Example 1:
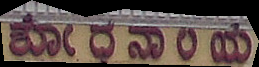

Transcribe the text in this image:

ಕೋಧನಾಂಯ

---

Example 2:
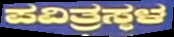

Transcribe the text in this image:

ಪವಿತ್ರಸ್ಠಳ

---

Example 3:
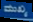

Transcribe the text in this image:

ಮುಖ್ಯ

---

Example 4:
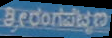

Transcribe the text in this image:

ಶ್ರೀರಂಗಪಟ್ಟಣ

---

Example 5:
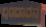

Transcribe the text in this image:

ಬಂದಾವನದ